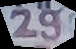
29